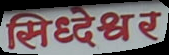
सिध्देश्वर